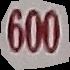
600